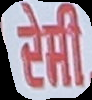
ਦੇਸੀ